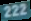
222